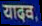
यादव,